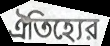
ঐতিহ্যের